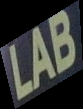
LAB